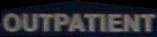
OUTPATIENT